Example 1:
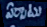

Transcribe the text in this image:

ఏర్పాటు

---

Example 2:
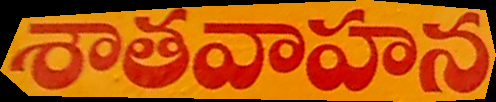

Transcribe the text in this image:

శాతవాహన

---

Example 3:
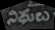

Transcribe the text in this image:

నిమబ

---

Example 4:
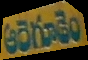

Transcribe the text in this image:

ఆలెగూడెం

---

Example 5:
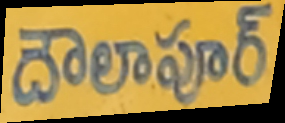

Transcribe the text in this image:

దౌలాపూర్